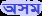
অসম